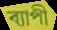
ব্যাপী